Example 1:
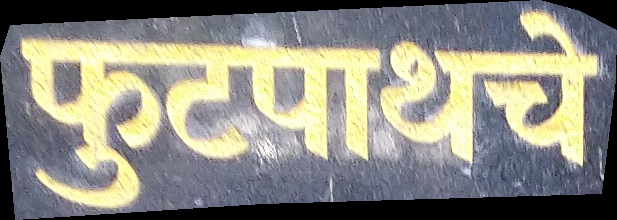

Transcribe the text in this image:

फुटपाथचे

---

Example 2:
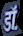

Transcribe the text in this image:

डॉ.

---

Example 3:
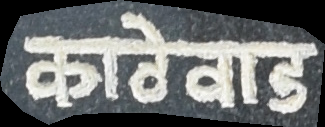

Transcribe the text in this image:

काठेवाड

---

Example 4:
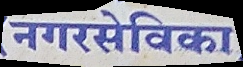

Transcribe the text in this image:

नगरसेविका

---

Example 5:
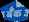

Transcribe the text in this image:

बँक